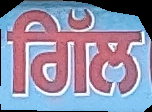
ਗਿੱਲ